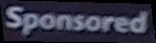
Sponsored